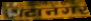
टाटानगर